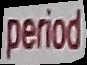
period